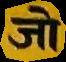
जो